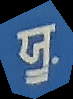
ਯੂ.